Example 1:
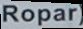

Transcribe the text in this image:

Ropar)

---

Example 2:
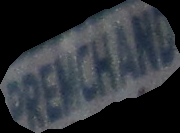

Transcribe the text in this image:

PREMCHAND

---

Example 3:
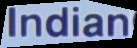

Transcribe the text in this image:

Indian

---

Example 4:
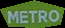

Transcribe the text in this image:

METRO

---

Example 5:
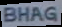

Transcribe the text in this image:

BHAG